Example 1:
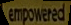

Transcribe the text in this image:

empowered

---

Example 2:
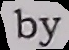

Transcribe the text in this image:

by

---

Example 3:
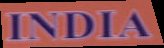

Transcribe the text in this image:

INDIA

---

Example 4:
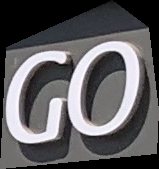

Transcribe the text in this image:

GO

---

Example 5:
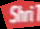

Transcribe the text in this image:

Shri